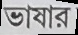
ভাষার